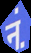
नं.